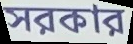
সরকার